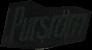
Pursram